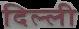
दिल्ली